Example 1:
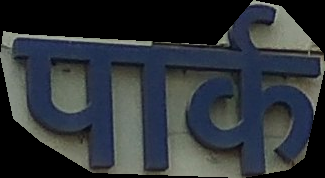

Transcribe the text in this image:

पार्क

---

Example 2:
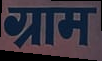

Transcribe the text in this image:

ग्राम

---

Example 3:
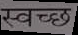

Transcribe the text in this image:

स्वच्छ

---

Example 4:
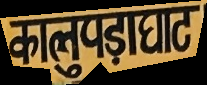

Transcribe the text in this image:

कालुपड़ाद्याट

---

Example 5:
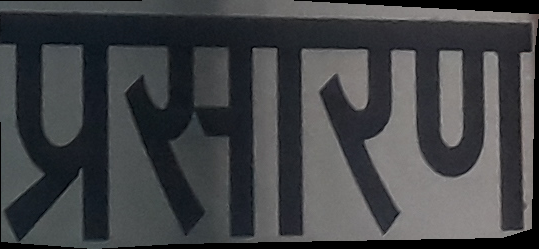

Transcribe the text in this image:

प्रसारण